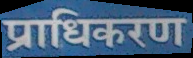
प्राधिकरण